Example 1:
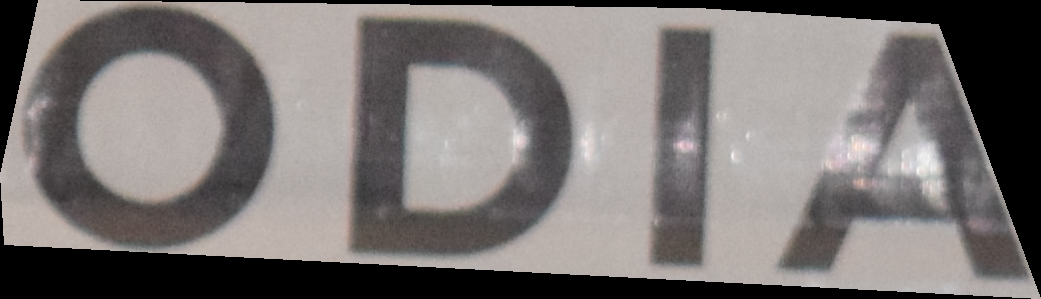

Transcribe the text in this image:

ODIA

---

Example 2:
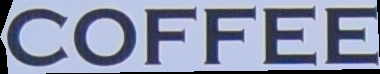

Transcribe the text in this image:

COFFEE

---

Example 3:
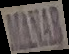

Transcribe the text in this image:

MANAR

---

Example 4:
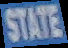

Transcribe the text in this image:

STATE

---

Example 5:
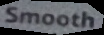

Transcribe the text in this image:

Smooth